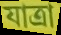
যাত্রা